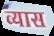
व्‍यास